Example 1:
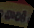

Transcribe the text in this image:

వారికి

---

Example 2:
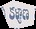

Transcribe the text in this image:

కళ్శణ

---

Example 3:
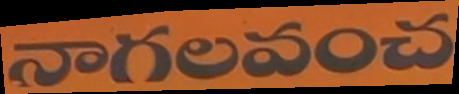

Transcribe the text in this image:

నాగలవంచ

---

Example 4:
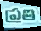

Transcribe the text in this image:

ప్రత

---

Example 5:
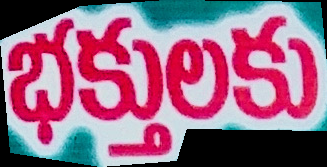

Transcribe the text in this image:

భక్తులకు